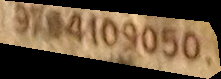
9784109050.